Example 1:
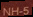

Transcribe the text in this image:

NH-5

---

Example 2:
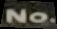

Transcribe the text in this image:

No.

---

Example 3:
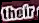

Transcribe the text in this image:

their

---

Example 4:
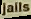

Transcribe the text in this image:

jails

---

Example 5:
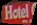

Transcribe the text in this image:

Hotel